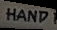
HAND